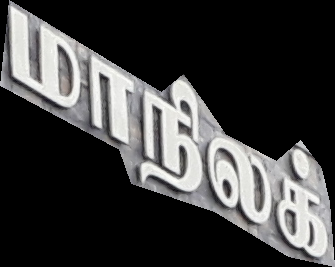
மாநிலக்